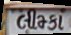
લીમ્કા